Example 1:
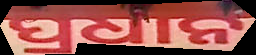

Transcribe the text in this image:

ପ୍ରଧାନ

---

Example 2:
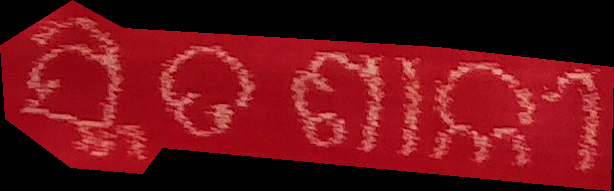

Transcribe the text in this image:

ୟିତ ଶାଳୀ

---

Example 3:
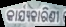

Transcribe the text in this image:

କାର୍ଯ୍ୟକାରିଣୀ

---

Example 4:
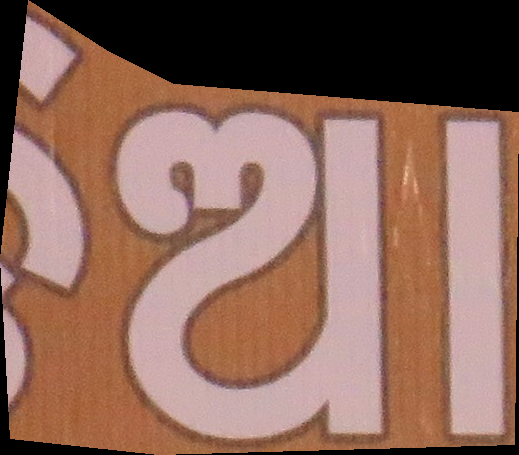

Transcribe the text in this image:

ଆ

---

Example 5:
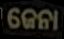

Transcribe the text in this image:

ଜେନା